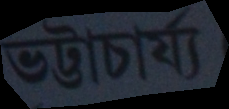
ভট্টাচাৰ্য্য